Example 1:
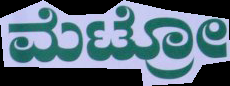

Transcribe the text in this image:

ಮೆಟ್ರೋ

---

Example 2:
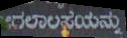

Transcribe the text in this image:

ಗಲಾಲಸೆಯನ್ನು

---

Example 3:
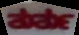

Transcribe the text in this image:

ತುರ್ತು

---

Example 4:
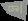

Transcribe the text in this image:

ಡಾ।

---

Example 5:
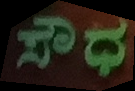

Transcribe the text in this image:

ಸೌಧ